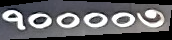
৭০০০০৩